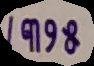
୩୨୫